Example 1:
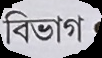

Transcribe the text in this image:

বিভাগ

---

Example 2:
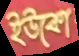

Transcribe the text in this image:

ইউকো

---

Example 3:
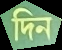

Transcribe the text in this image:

দিন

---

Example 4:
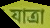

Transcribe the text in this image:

যাত্রা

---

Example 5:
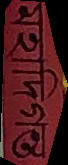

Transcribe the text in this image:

মহাদিগন্ত